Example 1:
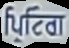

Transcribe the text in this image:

ਪ੍ਰਿਟਿਗ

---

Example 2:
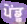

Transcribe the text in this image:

ਪੇਂਡੂ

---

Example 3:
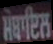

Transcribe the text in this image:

ਸੋਬਾਇਲ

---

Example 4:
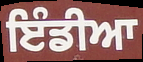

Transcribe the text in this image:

ਇੰਡੀਆ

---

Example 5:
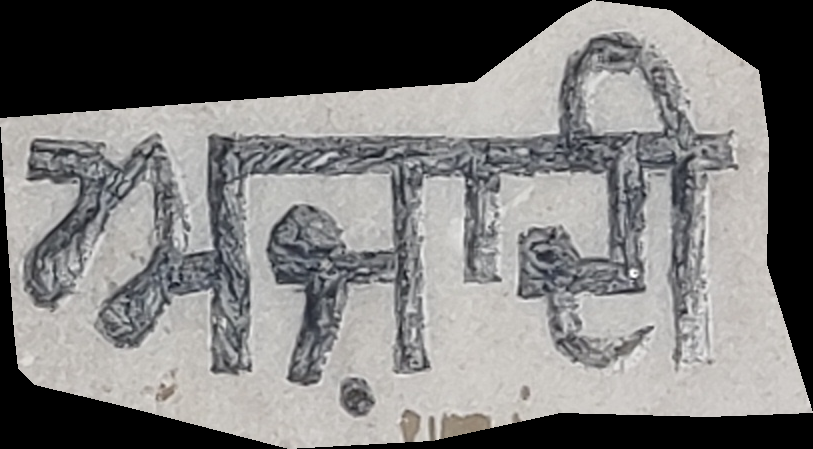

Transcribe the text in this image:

ਅਜ਼ਾਦੀ